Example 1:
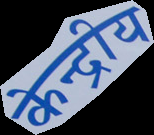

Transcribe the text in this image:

केन्द्रीय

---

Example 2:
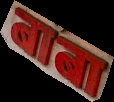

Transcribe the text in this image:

बाबा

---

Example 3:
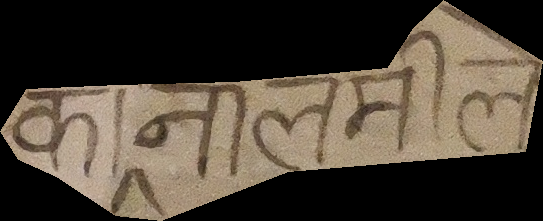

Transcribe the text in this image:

कानालमील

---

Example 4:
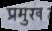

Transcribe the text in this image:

प्रमुख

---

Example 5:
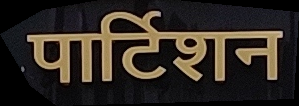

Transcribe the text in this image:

पार्टिशन